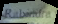
Rabindra